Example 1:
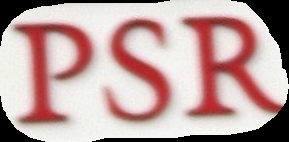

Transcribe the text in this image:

PSR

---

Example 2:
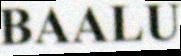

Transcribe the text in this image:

BAALU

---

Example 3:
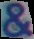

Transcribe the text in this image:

&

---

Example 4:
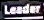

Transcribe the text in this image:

Leader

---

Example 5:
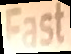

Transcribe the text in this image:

Fast